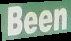
Been